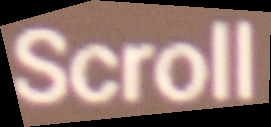
Scroll